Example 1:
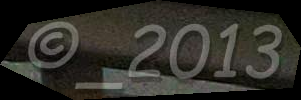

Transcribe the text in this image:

c 2013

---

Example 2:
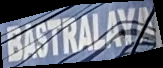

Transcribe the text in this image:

BASTRALAYA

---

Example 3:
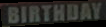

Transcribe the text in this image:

BIRTHDAY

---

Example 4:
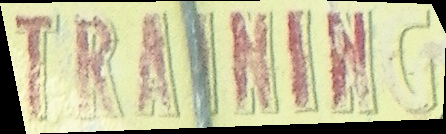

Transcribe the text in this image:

TRAINING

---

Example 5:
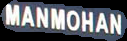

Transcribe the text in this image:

MANMOHAN